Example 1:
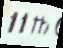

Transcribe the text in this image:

11th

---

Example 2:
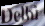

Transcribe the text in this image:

Delhi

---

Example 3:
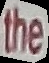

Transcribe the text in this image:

the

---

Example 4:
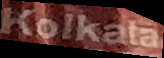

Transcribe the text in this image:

Kolkata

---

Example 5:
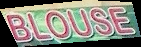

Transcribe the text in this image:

BLOUSE